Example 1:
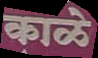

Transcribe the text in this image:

काळे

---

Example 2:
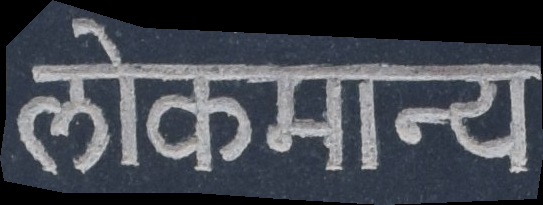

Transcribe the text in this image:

लोकमान्य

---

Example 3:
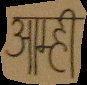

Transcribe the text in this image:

आम्ही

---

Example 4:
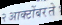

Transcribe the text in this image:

आक्टोंबर ते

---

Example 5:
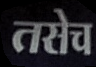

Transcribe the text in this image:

तसेच